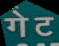
गेट